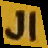
JI